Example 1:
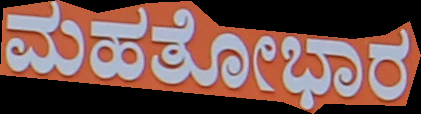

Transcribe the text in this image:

ಮಹತೋಭಾರ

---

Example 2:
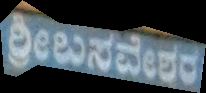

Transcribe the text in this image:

ಶ್ರೀಬಸವೇಶರ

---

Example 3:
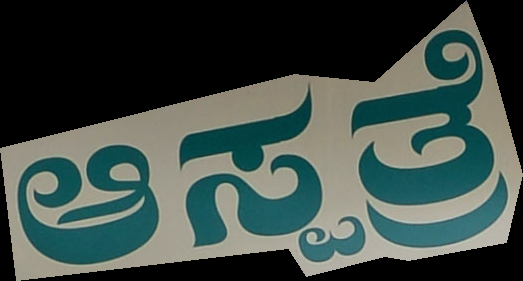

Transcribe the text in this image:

ಆಸ್ಪತ್ರೆ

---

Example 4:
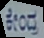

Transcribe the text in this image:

ಕೇಂದ್ರ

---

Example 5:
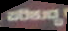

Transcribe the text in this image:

ಪರಿಕುದ್ಧ